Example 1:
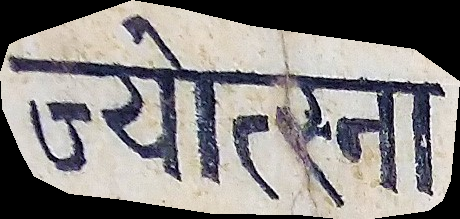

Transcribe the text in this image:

ज्येात्स्ना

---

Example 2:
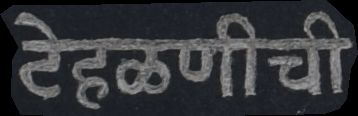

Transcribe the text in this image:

टेहळणीची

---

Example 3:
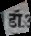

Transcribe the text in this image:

डॉ.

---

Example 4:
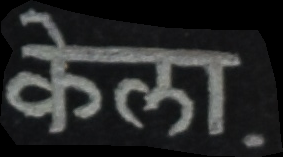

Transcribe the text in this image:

केला.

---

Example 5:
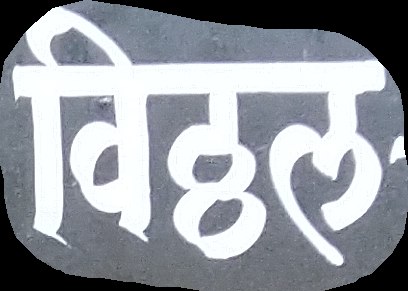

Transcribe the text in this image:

विठ्ठल